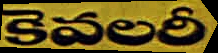
కెవలరీ